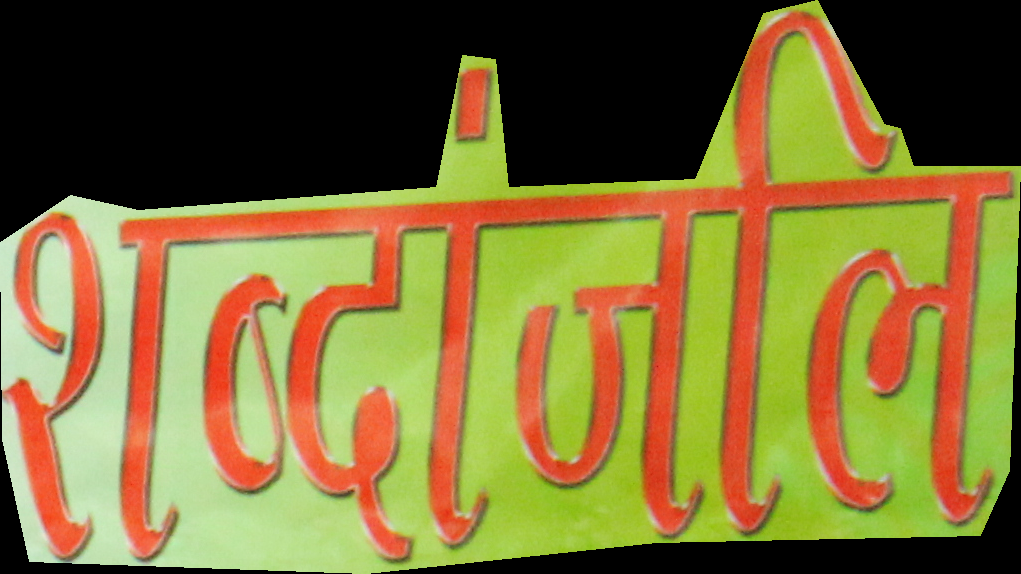
शब्दांजलि